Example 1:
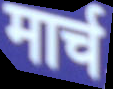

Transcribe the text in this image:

मार्च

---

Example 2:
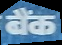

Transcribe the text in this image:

बैंक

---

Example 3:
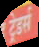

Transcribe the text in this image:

ट्रेडर्स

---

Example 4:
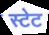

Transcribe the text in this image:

स्‍टेट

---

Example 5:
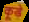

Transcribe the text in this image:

कूडे